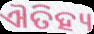
ଐତିହ୍ୟ